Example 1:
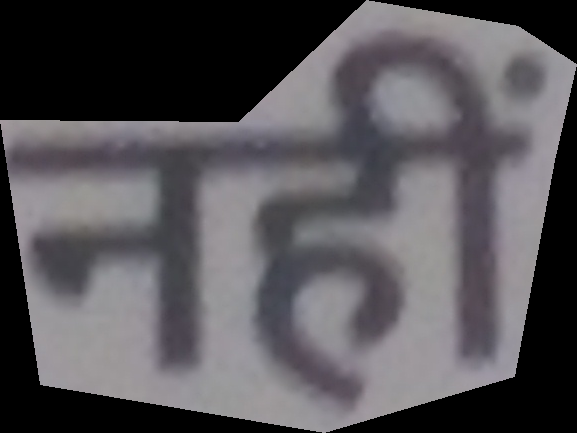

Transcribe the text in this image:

नहीं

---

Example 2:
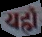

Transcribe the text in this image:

यहो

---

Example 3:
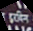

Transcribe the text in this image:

इरविन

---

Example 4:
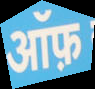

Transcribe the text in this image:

ऑफ़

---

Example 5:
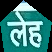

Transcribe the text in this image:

लेह